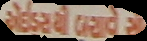
એઈડ્સ થી બરાવે સૌને